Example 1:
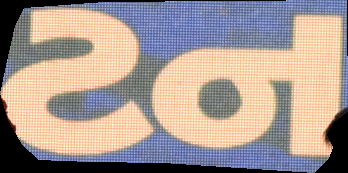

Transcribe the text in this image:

ટન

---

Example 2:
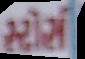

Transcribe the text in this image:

સ્ટોર્સ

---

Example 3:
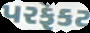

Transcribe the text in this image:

પરફેકટ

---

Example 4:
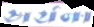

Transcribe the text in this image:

અર્થના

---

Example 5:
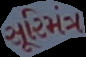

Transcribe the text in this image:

સૂરિમંત્ર